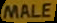
MALE